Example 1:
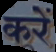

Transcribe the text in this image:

करें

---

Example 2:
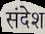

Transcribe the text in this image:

संदेश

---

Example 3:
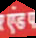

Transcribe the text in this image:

एंडप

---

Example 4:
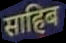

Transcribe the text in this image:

साहिब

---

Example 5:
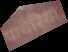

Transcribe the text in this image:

पाथेरिया